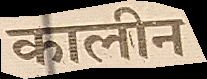
कालीन